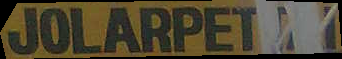
JOLARPET